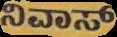
ನಿವಾಸ್